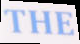
THE